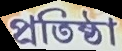
প্রতিষ্ঠা